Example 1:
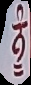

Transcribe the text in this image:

ਨੂੰ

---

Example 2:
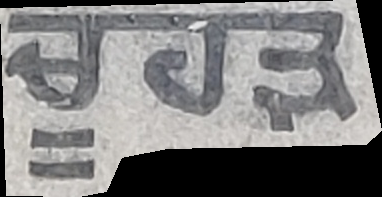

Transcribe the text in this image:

ਚੂਹੜ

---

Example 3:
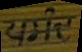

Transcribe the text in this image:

ਪਸੰਦ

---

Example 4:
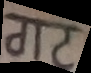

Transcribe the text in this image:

ਗਟ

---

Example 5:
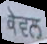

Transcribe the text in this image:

ਕੇਵਲ